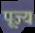
पूज्य